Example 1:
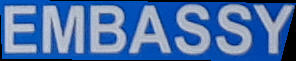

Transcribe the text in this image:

EMBASSY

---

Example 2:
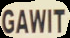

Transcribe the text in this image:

GAWIT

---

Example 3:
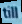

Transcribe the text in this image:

till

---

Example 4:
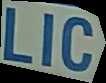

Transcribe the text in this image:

LIC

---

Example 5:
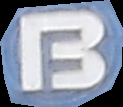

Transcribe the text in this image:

B